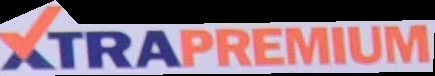
XTRAPREMIUM